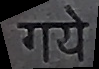
गये